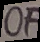
OF